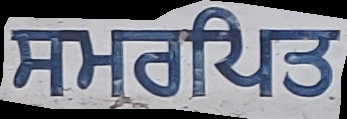
ਸਮਰਪਿਤ